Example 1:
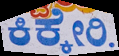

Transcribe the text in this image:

ಕಿಕ್ಕೇರಿ.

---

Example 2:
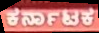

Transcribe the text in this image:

ಕರ್ನಾಟಕ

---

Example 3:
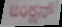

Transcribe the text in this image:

ಟೆಂಕ್ಷನ್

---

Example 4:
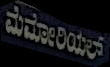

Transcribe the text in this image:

ಮೆಮೋರಿಯಲ್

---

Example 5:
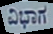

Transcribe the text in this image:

ವಿಭಾಗ